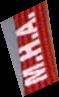
M.H.A.